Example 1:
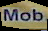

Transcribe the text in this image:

Mob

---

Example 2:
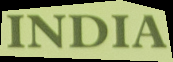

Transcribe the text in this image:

INDIA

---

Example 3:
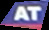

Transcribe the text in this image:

AT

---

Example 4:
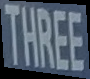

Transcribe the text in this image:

THREE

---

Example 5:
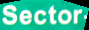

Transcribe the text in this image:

Sector